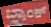
ಬಾಂಕ್